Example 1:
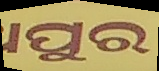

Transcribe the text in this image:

ପୁର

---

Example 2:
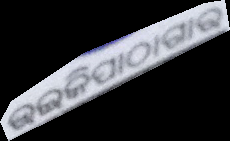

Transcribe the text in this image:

ଉଇକିପାଠାଗାର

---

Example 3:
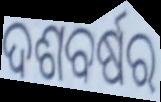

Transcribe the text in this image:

ଦଶବର୍ଷର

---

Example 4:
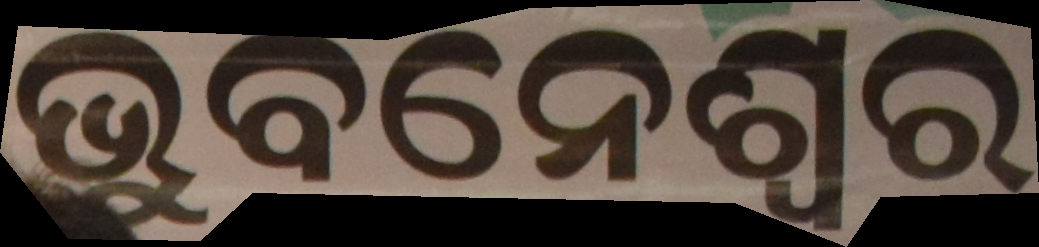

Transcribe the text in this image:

ଭୁବନେଶ୍ବର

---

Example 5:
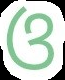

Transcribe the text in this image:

ଓ